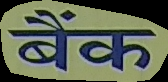
बैंक